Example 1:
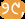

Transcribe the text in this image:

୨୯,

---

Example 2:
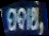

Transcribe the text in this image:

ପଦାର୍ଥ,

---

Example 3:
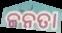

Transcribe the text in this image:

ଜନତା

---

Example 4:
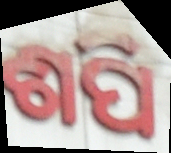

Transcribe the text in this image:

ଶପି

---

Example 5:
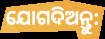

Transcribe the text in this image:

ଯୋଗଦିଅନ୍ତୁ: